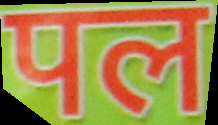
पल